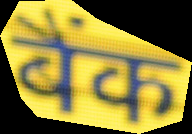
बैंक